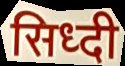
सिध्दी